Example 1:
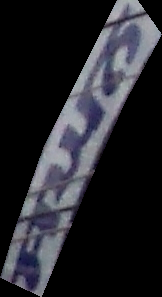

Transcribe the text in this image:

ਸਘਨ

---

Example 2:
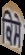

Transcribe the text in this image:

ਕਿਸੇ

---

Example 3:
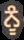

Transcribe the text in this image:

ਨੂੰ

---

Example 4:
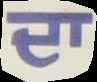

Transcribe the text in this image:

ਦਾ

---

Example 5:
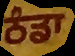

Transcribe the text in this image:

ਠੰਡਾ